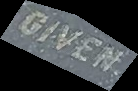
GIVEN